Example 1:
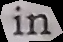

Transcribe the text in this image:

in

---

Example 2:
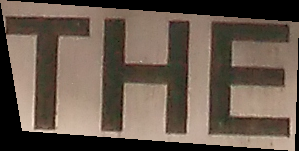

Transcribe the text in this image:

THE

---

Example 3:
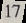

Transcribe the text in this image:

17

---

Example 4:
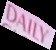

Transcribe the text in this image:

DAILY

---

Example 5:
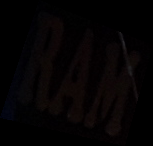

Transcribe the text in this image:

RAM